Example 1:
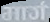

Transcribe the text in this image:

માર્ગ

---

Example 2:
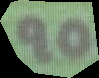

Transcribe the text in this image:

૧૦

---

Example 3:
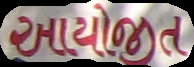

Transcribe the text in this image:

આયોજીત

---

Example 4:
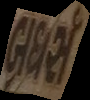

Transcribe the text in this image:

બ્રધર્સ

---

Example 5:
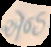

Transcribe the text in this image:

એન્ડ